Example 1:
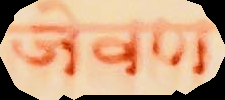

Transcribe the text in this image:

जेवण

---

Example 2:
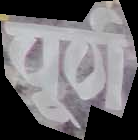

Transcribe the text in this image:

पूर्ण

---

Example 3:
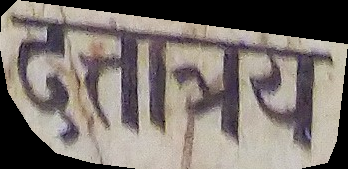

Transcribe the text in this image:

दत्तात्रय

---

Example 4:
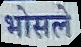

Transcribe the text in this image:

भोसले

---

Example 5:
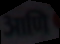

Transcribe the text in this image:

आणि